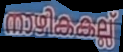
നാഴികകല്ല്